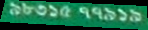
৯৮৩১৫৭৭৯১৯